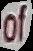
of